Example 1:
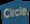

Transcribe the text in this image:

Circle,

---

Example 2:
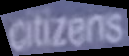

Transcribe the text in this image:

citizens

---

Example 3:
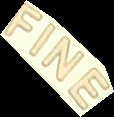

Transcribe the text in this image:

FINE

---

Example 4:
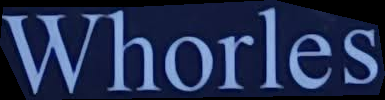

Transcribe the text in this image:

Whorles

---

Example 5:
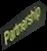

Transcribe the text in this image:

Partnership